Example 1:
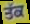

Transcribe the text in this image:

ਤੱਕ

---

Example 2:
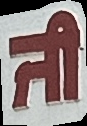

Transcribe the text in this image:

ਜੀ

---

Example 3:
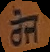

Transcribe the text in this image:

ਰੋਜ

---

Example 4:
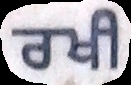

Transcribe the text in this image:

ਰਖੀ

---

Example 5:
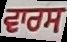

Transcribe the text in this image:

ਵਾਰਸ